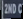
2NDC